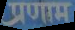
प्रणाम